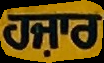
ਹਜ਼ਾਰ